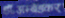
डॉ॰अम्बडकर।